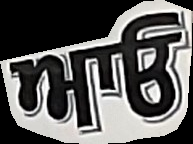
ਆਓ